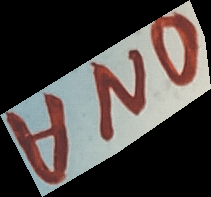
ONA